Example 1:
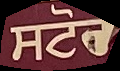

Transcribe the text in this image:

ਸਟੋਰ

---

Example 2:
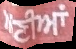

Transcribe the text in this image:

ਅਣੀਆਂ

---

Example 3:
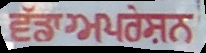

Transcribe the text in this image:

ਵੱਡਾ ਅਪਰੇਸ਼ਨ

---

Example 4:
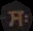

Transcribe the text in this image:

ਸ:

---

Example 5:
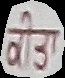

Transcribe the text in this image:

ਕੀਤਾ